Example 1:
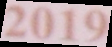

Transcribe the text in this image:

2019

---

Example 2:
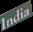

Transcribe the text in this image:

India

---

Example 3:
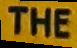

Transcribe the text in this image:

THE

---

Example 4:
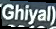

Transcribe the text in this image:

Ghiyal)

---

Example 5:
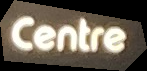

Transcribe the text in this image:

Centre